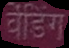
वेंडिंग